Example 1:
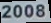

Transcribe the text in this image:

2008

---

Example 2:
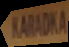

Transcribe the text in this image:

KARADKA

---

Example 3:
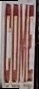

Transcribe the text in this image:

COME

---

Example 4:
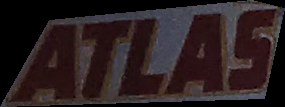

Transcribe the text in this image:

ATLAS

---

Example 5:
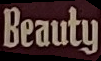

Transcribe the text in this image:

Beauty